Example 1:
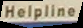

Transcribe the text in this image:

Helpline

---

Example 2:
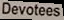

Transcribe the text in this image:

Devotees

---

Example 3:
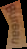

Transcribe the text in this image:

Bureau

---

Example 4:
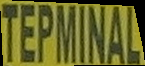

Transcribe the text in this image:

TEPMINAL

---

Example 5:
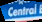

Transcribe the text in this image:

Central